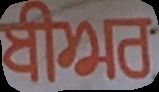
ਬੀਅਰ